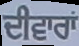
ਦੀਵਾਰਾਂ